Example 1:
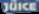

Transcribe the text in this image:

JUICE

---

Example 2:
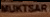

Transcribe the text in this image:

MUKTSAR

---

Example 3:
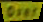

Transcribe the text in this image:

Over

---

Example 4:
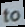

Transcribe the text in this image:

to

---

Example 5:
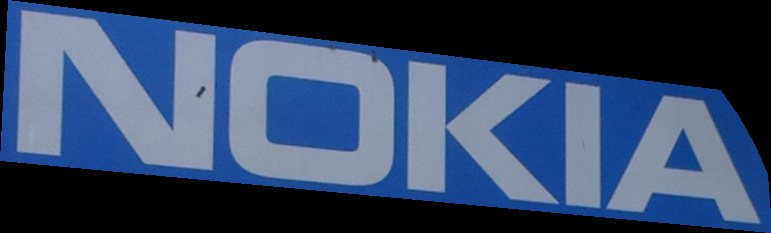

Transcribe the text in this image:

NOKIA